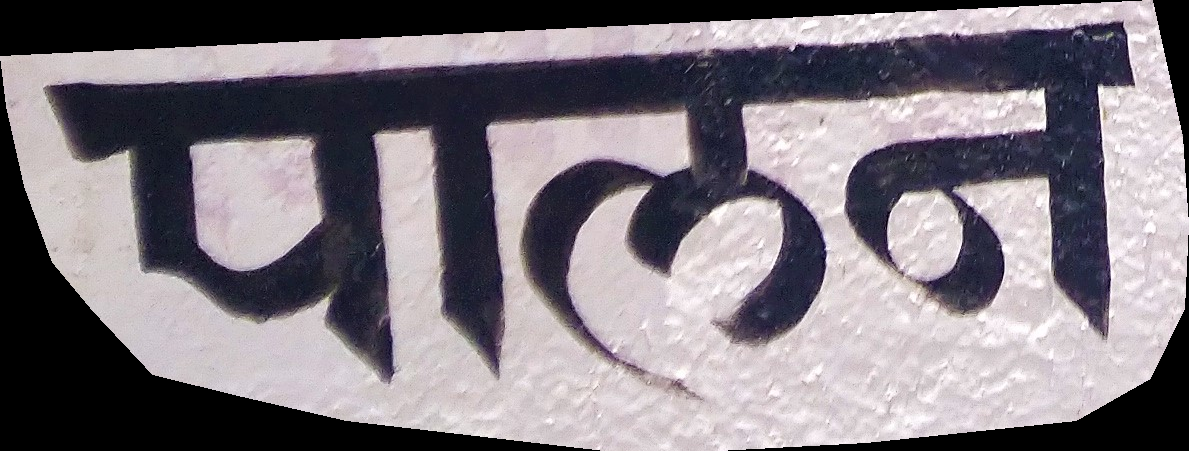
पालन